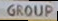
GROUP